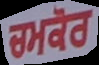
ਚਮਕੋਰ